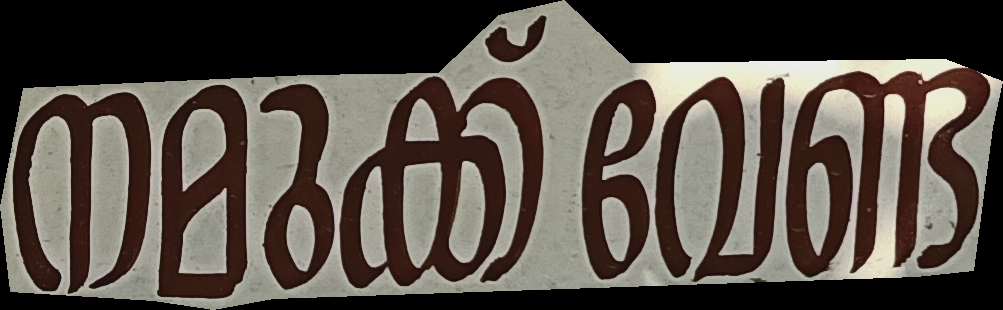
നമുക്ക് വേണ്ട